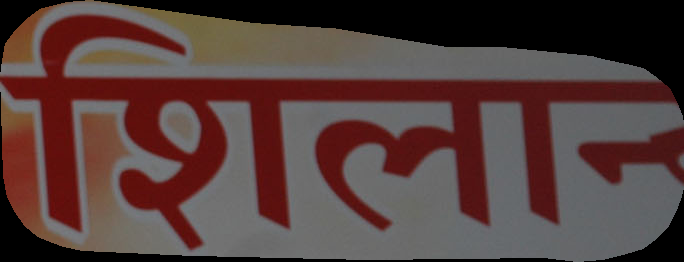
शिलान्